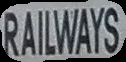
RAILWAYS